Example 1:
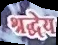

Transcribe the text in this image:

श्रद्धेय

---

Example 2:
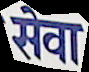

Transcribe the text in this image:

सेवा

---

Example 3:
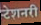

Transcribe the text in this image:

स्टेशनरी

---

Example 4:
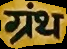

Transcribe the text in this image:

ग्रंथ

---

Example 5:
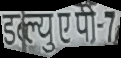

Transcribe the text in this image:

डब्ल्यु ए पी-7